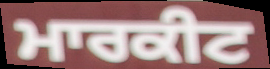
ਮਾਰਕੀਟ